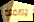
ರೂಢ